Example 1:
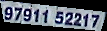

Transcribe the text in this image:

9791152217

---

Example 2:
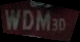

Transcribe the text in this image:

WDM3D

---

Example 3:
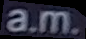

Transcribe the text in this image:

a.m.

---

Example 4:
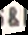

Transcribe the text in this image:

&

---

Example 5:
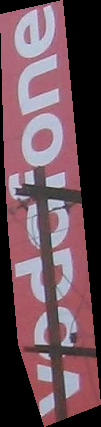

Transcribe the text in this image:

vodafone